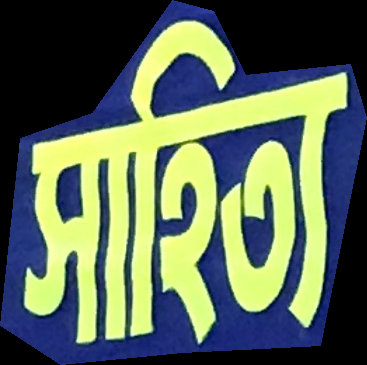
সাহিত্য